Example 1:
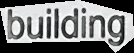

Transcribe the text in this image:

building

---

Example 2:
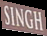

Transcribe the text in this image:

SINGH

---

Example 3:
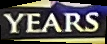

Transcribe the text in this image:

YEARS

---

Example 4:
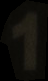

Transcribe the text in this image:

1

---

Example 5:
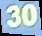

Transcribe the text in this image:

30